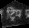
ट्रिप